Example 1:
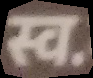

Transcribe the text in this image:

स्व.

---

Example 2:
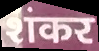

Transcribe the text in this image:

शंकर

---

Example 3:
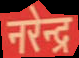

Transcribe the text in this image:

नरेन्द्र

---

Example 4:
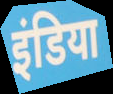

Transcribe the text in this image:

इंडिया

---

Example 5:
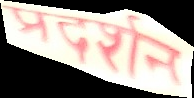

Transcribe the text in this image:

प्रदर्शन